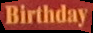
Birthday